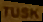
TUSK